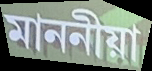
মাননীয়া